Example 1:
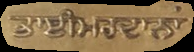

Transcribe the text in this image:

ਡਾਈਮਰਦਾਨਾਂ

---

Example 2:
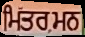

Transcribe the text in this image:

ਮਿੱਤਰਮਨ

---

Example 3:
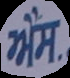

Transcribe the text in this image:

ਐਂਸ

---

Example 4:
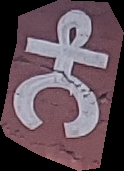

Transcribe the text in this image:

ਨੰ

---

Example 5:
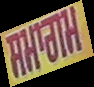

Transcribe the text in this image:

ਸਮਾਗਮ